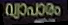
വ്യാപാരം